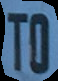
TO